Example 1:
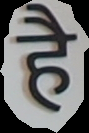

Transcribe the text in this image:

है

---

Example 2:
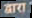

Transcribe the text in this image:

द्वारा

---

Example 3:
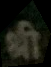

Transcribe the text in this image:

श्री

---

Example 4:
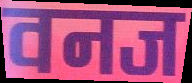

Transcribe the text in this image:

वनज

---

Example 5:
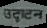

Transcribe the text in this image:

उद्घाटन